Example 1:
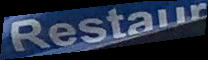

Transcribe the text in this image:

Restaur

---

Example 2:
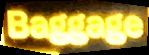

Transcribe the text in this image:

Baggage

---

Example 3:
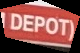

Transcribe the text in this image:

DEPOT)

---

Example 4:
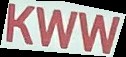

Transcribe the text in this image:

KWW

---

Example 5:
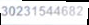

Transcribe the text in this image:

30231544682